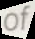
of